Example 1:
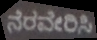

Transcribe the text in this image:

ನರವೇರಿಸಿ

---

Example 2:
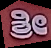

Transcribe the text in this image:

ಶ್ರೀ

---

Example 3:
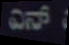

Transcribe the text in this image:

ಎನ್ :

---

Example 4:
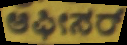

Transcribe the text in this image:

ಆಫೀಸರ್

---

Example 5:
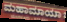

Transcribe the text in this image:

ಮಹಾಮಾಯಾ